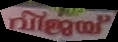
വിജയ്